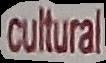
cultural